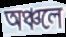
অঞ্চলে